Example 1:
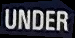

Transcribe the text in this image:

UNDER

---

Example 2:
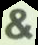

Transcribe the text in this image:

&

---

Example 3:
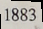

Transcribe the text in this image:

1883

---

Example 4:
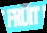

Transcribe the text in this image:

FRUIT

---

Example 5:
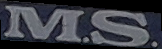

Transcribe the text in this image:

M.S.